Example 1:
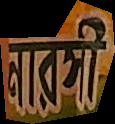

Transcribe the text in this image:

মারন্সী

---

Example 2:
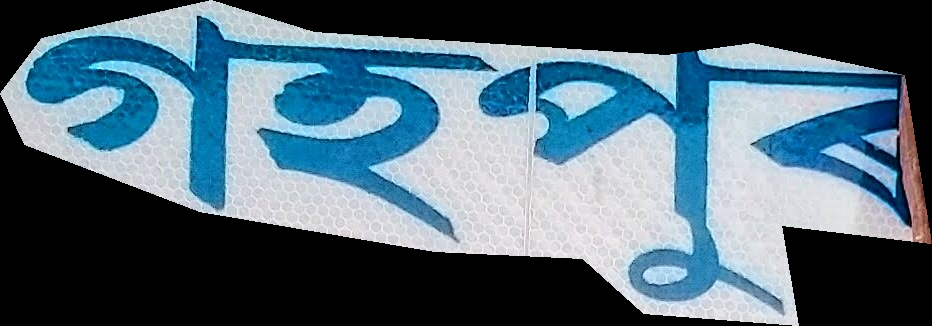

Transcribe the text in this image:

গহপুৰ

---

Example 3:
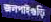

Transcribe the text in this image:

জলপাইগুড়ি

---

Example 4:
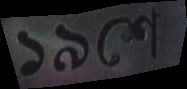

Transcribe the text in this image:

১৯শে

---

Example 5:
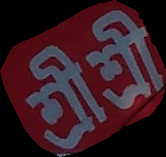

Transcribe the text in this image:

শ্রীশ্ৰী